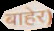
बाहेर)